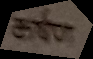
कर्षण